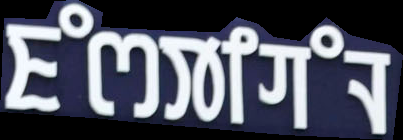
ꯐꯦꯁꯇꯤꯚꯦꯜ